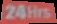
24Hrs